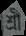
শ্রী